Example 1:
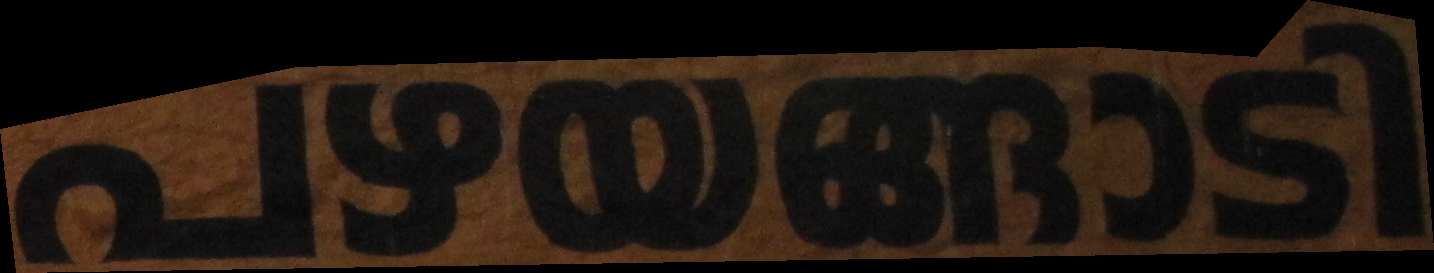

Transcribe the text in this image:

പഴയങ്ങാടി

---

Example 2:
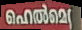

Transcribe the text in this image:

ഹെൽമെ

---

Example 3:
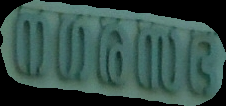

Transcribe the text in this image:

നഗരസഭ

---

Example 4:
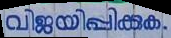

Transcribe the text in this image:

വിജയിപ്പിക്കുക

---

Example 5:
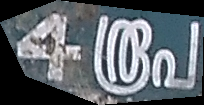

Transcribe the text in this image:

4 രൂപ